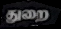
துறை